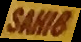
SAHIB